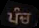
ਪੰਚ